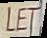
LET